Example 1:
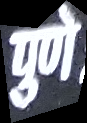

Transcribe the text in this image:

पुणे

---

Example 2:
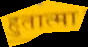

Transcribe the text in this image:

हुतात्मा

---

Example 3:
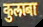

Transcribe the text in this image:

कुलाबा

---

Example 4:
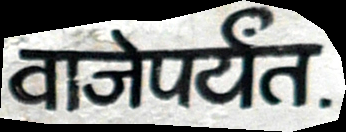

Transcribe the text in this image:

वाजेपर्यंत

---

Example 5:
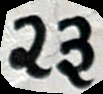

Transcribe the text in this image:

२३